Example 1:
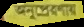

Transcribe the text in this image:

অনুপ্রেরণায়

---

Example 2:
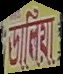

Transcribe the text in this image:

ডালিয়া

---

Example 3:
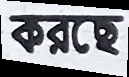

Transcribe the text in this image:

করছে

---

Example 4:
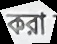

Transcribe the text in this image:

করা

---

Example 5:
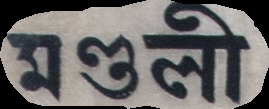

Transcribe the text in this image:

মণ্ডলী